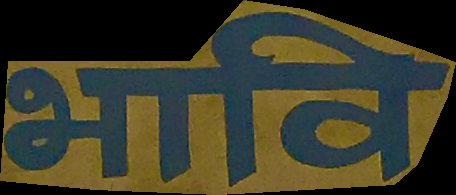
भावि